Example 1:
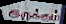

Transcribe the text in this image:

இறக்கம்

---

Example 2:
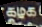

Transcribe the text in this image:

கழக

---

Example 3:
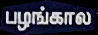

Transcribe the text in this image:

பழங்கால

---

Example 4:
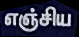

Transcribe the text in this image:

எஞ்சிய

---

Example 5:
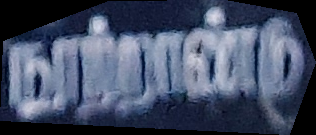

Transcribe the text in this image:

நூற்றாண்டு